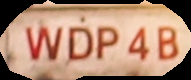
WDP4B